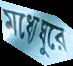
মধ্যে ঘুরে